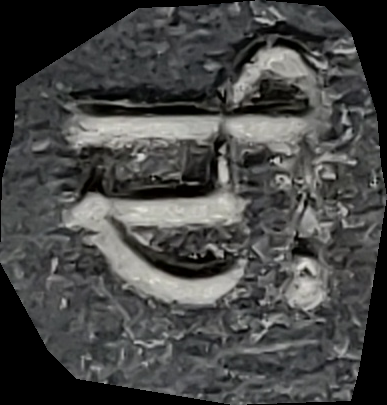
ਚੀ